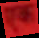
एक